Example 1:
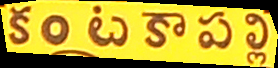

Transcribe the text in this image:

కంటకాపల్లి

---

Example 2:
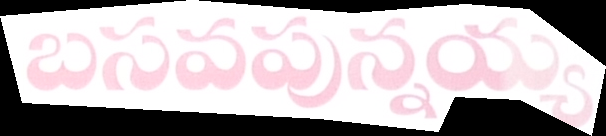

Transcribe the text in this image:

బసవపున్నయ్య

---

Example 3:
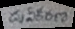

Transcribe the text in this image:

డుపీకరణ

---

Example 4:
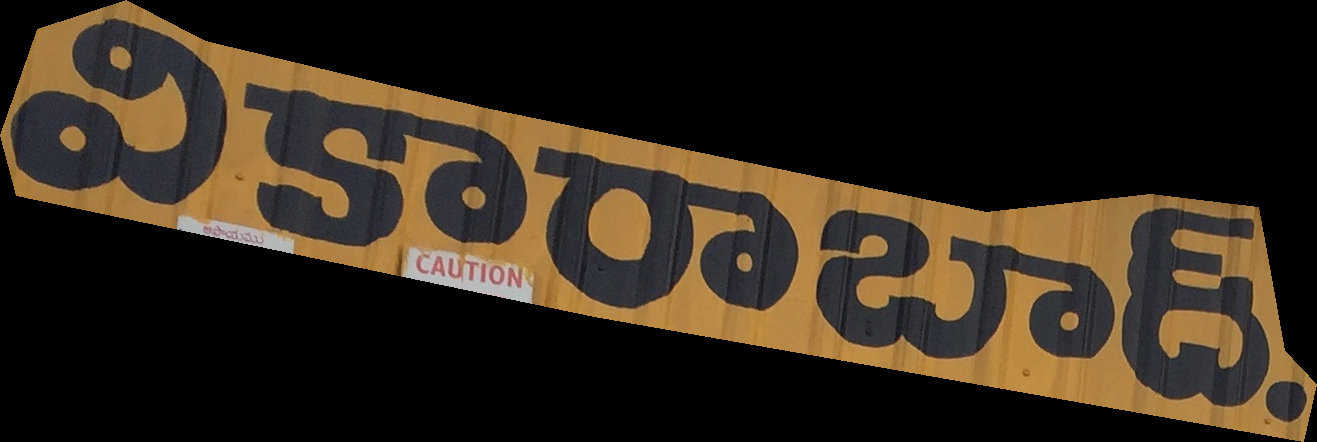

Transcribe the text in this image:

వికారాబాద్.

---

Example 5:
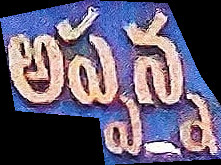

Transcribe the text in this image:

అప్పన్న